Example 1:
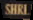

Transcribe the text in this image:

SHRI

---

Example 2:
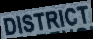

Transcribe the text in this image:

DISTRICT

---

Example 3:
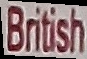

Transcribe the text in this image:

British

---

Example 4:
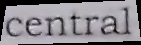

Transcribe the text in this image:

central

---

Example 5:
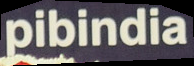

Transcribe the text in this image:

pibindia